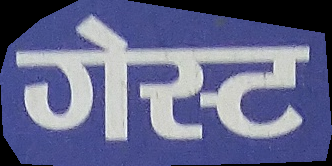
गेस्ट